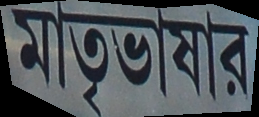
মাতৃভাষার